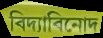
বিদ্যাবিনোদ